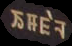
ꯏꯝꯐꯥꯜ